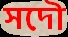
সদৌ